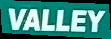
VALLEY